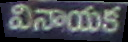
వినాయక